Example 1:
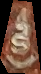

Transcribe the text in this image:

శ్రీ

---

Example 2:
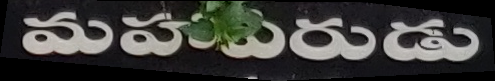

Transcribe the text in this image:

మహావీరుడు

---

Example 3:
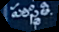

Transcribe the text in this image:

పరిస్థితి.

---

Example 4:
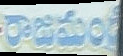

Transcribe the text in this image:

రాజమం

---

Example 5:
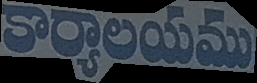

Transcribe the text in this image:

కార్యాలయమ